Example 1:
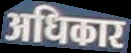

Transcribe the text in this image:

अधिकार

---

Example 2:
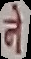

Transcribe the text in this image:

नेे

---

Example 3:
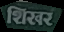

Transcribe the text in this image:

शिखर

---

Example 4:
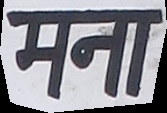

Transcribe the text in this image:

मना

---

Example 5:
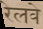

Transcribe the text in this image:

रेलवे